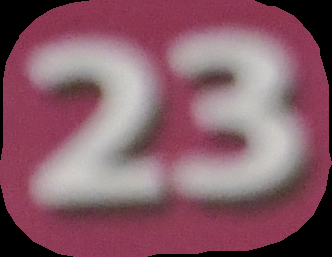
23